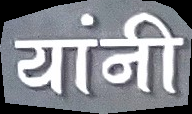
यांनी